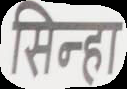
सिन्हा